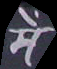
में